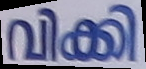
വിക്കി